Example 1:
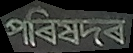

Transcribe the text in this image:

পৰিষদৰ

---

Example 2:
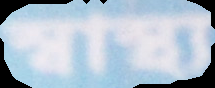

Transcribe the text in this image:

স্বাস্থ্য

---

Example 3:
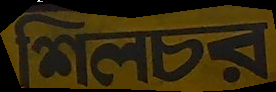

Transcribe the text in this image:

শিলচর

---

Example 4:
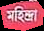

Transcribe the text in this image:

মহিন্দ্রা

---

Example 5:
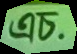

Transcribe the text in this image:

এচ.